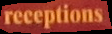
receptions